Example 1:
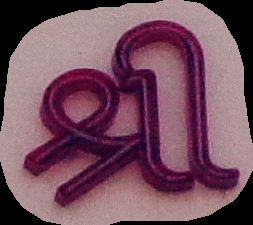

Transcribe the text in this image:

શ્રી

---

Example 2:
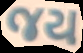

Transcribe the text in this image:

જય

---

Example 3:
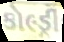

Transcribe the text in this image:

કો૯ડ્રી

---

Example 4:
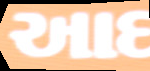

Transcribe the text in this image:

આદ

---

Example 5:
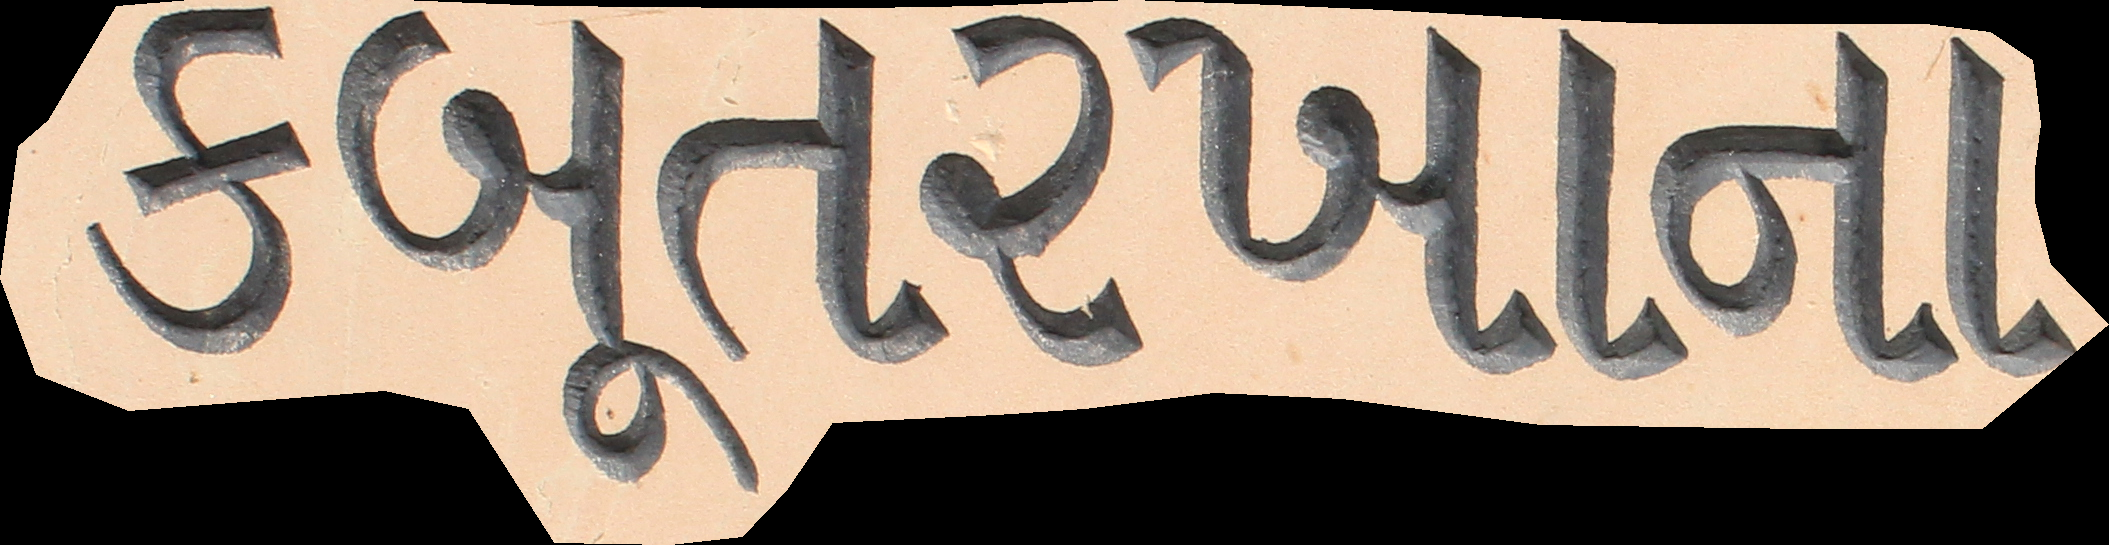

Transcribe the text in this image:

કબૂતરખાના